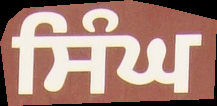
ਸਿੰਘ